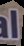
al